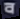
व